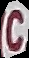
C